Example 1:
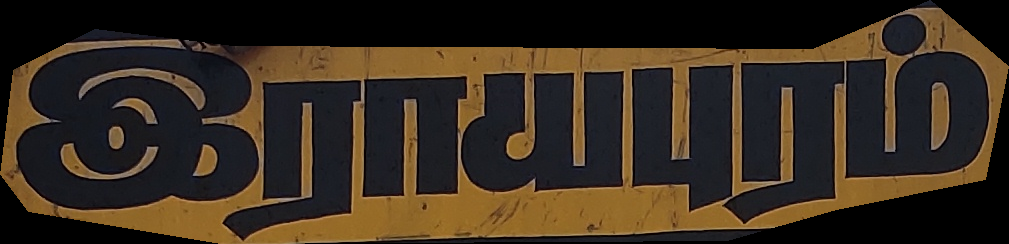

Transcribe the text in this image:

இராயபுரம்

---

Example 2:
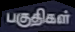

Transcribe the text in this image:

பகுதிகள்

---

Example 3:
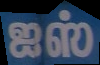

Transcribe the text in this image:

ஐஸ்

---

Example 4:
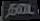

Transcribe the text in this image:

தடை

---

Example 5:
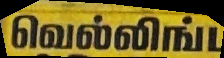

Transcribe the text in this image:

வெல்லிங்ட